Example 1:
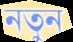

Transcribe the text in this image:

নতুন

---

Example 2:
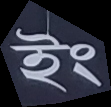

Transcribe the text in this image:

ইং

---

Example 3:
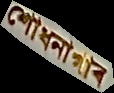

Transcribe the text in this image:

শোধনাগাৰ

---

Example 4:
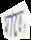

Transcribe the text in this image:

যাতে,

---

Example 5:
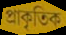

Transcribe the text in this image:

প্ৰাকৃতিক